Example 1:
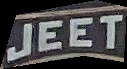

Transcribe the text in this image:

JEET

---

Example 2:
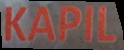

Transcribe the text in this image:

KAPIL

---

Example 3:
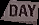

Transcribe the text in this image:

DAY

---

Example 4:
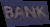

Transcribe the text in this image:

BANK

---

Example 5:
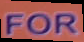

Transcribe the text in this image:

FOR